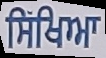
ਸਿਂਖਆ